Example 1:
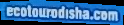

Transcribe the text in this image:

ecotourodisha.com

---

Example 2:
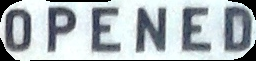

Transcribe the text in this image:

OPENED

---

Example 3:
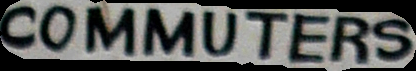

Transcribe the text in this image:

COMMUTERS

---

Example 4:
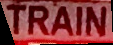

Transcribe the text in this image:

TRAIN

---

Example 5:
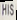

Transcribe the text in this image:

HIS